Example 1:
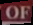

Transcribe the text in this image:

OF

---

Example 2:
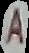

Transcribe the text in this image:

A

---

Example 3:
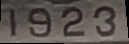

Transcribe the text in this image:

1923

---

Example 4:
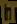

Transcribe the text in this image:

in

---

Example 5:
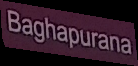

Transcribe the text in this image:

Baghapurana